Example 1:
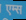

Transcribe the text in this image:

एम्स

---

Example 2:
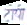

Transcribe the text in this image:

टोपी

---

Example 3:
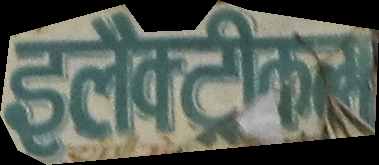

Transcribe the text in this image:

इलैक्ट्रीकल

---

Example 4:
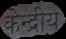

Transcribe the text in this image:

केन्द्रीय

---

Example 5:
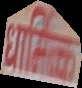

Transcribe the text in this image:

धार्मिन्क